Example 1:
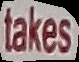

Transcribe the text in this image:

takes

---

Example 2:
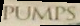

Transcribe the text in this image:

PUMPS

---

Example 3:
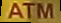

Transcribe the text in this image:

ATM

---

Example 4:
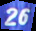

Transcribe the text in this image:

26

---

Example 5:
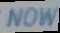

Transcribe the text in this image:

NOW